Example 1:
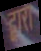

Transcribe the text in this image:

द्वारा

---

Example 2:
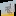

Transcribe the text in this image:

नई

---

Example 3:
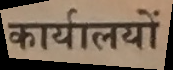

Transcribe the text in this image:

कार्यालयों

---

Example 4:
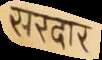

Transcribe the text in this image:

सरदार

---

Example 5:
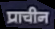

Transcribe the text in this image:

प्राचीन